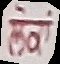
ਲੇਕਾਂ